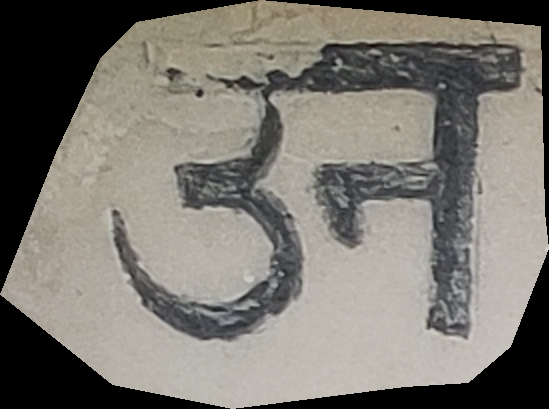
उन